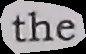
the